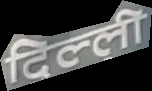
दिल्ली